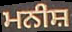
ਮਨੀਸ਼